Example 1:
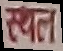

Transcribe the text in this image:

स्‍थल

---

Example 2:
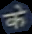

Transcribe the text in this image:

क‍े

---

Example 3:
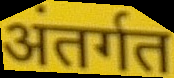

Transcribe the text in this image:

अंतर्गत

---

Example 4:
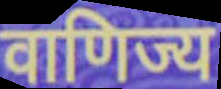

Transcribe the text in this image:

वाणिज्य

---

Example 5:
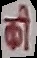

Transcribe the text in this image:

की